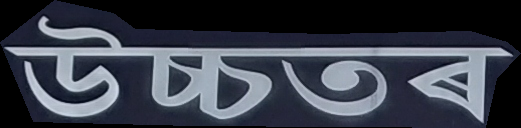
উচ্চতৰ